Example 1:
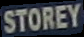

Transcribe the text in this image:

STOREY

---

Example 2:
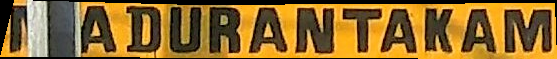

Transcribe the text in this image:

MADURANTAKAM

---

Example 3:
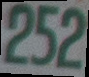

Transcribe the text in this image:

252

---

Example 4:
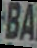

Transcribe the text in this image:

BA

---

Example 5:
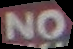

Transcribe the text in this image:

NO